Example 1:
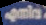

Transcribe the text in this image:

എന്നി‍വ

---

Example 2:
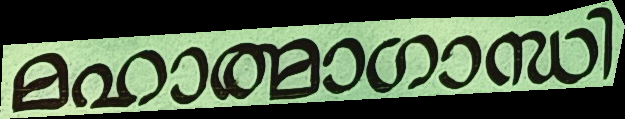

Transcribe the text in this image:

മഹാത്മാഗാന്ധി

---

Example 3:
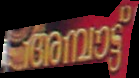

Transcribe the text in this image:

അമ്പാട്ട്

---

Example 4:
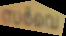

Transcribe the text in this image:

സർവെ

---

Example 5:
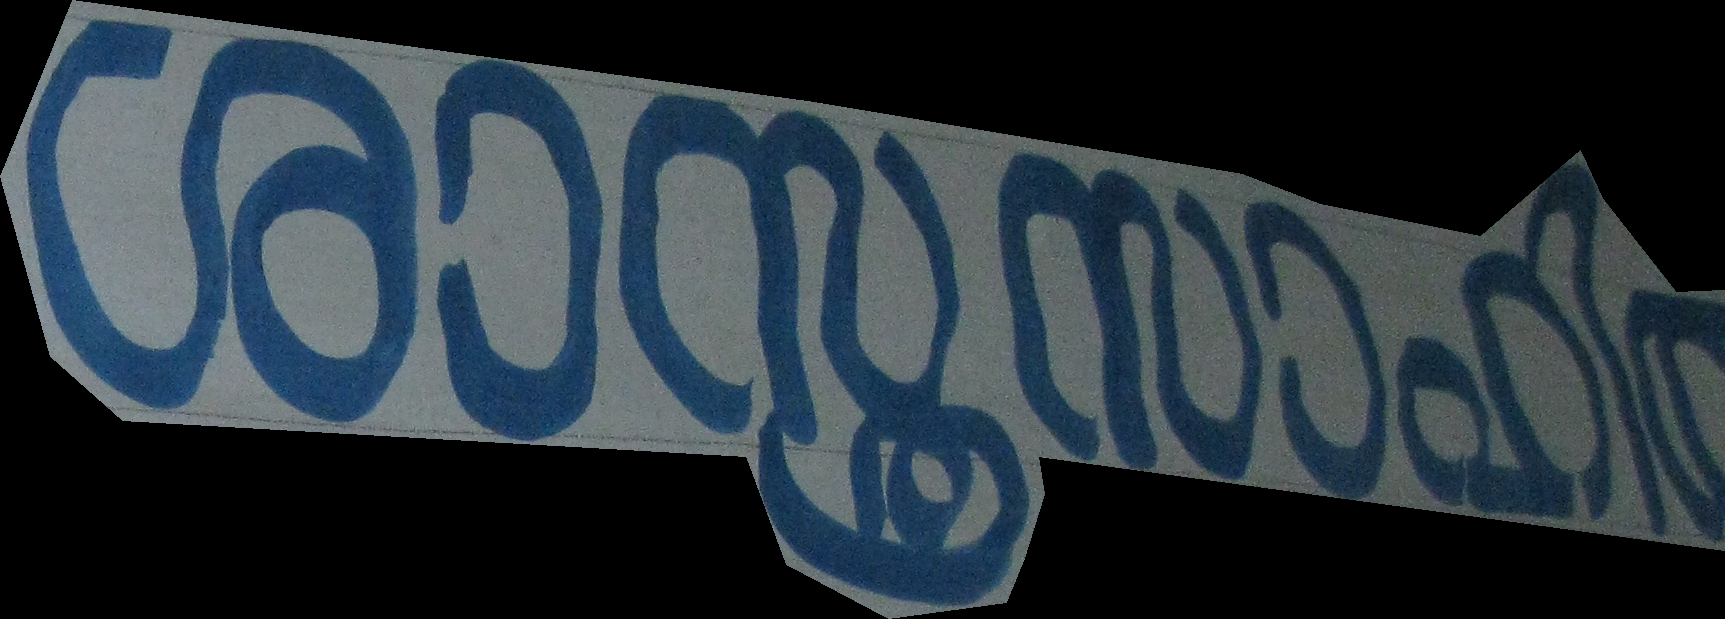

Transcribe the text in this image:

ശാസ്തസാഹിത